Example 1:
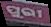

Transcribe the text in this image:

ଯୁଚା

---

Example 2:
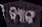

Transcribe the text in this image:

ବ୍ୟାଙ୍କ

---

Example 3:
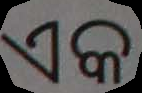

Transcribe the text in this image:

ଏକ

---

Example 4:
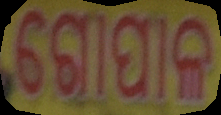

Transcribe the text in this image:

ଗୋପାଳ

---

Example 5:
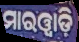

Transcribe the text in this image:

ମାରଓ୍ବାଡ଼ି